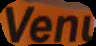
Venu